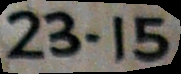
23-15